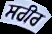
ਸਰੀਰ